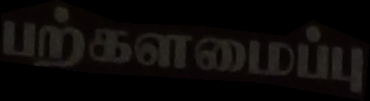
பற்களமைப்பு